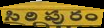
సిరి పురం